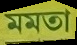
মমতা